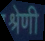
श्रेणी